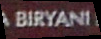
BIRYANI